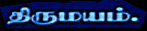
திருமயம்ஃ